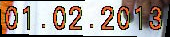
01.02.2013